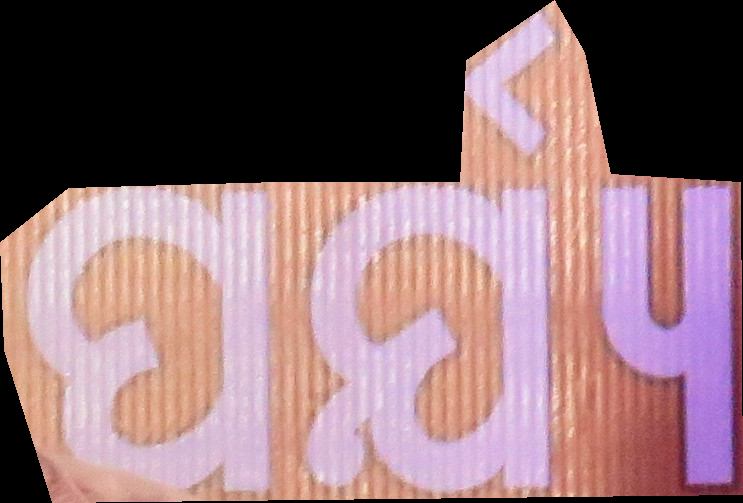
ପର୍ଯ୍ଯ